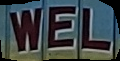
WEL